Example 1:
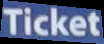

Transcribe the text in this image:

Ticket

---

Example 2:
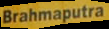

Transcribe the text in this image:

Brahmaputra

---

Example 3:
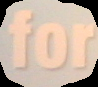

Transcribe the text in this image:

for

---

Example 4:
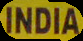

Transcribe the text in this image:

INDIA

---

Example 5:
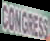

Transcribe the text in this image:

CONGRESS